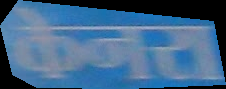
केनरा